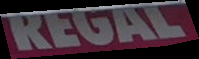
REGAL